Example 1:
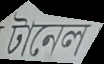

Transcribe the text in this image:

টানেল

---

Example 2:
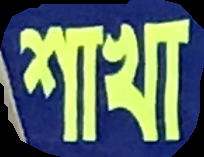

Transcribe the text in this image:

শাখা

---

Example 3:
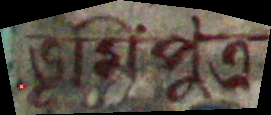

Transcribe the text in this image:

ভূমিপুত্র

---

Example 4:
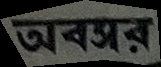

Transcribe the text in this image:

অবসর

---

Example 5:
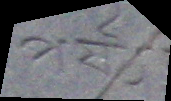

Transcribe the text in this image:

পর্য্য